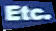
Etc.